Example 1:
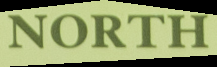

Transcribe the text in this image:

NORTH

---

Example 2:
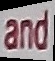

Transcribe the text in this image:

and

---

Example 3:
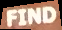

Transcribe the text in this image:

FIND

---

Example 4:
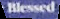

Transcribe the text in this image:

Blessed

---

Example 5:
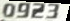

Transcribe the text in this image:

0923